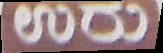
ಉರು